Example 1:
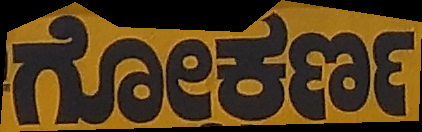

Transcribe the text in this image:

ಗೋಕರ್ಣ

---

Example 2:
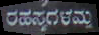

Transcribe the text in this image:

ರಹಸ್ಯಗಳನ್ನು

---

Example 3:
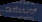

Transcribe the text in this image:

ಡಿಸೆಂಬರ್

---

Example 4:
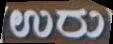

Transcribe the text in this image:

ಉರು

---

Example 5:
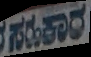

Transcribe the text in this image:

ಸಹಿಕಾರ